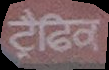
ट्रैढिव